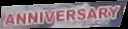
ANNIVERSARY